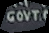
GOVT